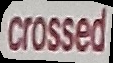
crossed